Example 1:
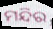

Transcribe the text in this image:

ମନ୍ଦିର,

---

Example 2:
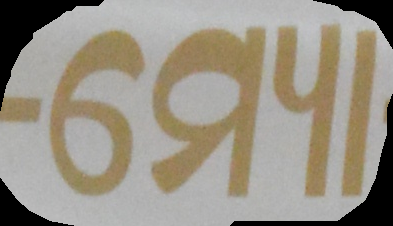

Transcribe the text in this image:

-ମ୍ୟୋ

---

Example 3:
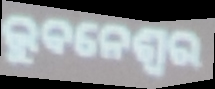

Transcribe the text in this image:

ଭୁବନେଶ୍ବର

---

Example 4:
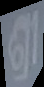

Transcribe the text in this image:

ଣ୍ରୀ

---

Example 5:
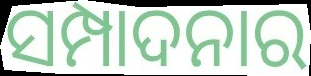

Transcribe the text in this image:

ସମ୍ପାଦନାର